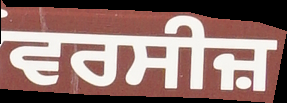
ਵਰਸੀਜ਼